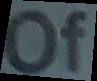
Of